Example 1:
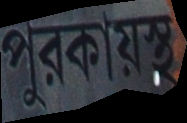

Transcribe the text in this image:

পুরকায়স্থ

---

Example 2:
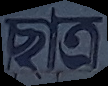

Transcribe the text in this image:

ছাত্র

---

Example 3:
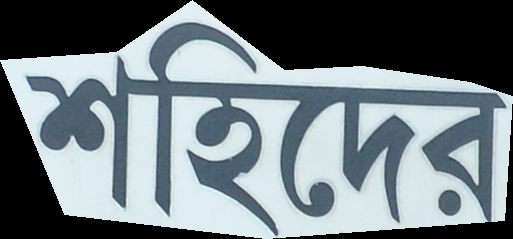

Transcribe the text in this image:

শহিদের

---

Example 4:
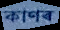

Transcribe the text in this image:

কাণৰ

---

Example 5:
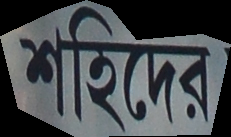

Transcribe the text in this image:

শহিদের